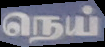
நெய்